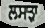
ਲਸੜਾ